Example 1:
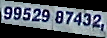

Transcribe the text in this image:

9952987432,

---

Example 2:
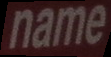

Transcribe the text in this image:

name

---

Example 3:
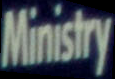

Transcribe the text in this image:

Ministry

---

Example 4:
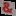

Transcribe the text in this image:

&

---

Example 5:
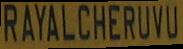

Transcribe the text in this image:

RAYALCHERUVU